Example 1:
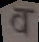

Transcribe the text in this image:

व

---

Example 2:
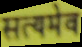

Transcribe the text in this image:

सत्यमेव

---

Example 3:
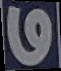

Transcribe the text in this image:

७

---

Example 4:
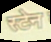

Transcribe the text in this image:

स्टेन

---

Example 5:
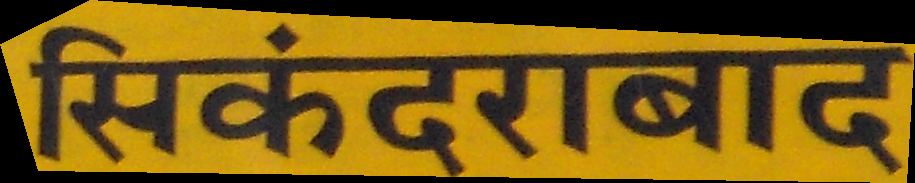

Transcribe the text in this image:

सिकंदराबाद